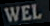
WEL